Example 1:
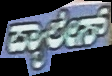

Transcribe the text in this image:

ಪ್ಯಾಲೇಸ್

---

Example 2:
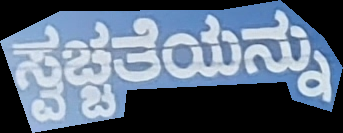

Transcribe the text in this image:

ಸ್ವಚ್ಚತೆಯನ್ನ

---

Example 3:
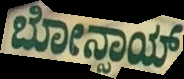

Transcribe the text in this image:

ಬೋನ್ಸಾಯ್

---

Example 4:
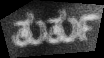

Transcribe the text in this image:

ತುರ್ತು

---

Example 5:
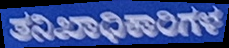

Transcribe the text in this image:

ತನಿಖಾಧಿಕಾರಿಗಳ